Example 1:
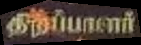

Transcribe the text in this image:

திருப்பாளர்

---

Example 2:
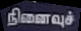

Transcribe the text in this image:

நினைவுச்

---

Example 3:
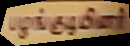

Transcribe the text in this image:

பழங்குடியினர்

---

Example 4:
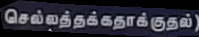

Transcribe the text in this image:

செல்லத்தக்கதாக்குதல்)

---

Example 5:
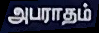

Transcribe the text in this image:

அபராதம்